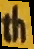
th